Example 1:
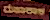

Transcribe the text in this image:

ಮಹಾಕಾಳ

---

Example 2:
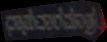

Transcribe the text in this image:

ಧಾಮವಾರಮಾಹ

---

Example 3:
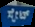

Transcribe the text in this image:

ಸ್ಟೇಟ್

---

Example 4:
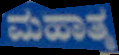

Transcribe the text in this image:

ಮಹಾತ್ಯ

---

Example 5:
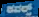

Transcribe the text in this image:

ಕವಲ್ಸ್